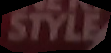
STYLE